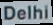
Delhi